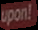
upon!